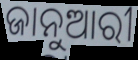
ଜାନୁଆରୀ